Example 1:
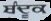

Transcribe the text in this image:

ਬੰਦੂਕ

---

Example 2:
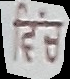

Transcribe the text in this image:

ਵਿੱਚ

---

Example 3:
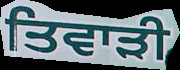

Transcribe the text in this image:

ਤਿਵਾੜੀ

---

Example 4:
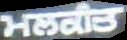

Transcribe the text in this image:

ਮਲਕੀਤ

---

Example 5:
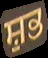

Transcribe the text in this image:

ਸ਼ੁਭ